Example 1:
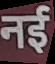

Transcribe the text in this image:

नई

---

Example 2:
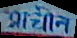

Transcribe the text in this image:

प्राचीन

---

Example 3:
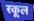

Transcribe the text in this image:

स्कूल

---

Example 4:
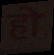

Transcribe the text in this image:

हो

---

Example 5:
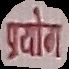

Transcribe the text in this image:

प्रयोग